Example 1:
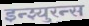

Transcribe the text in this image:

इन्श्युरन्स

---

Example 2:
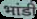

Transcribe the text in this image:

भांडी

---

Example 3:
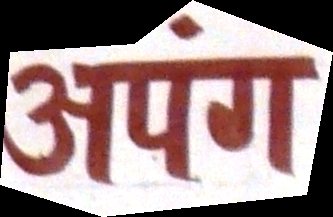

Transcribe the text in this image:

अपंग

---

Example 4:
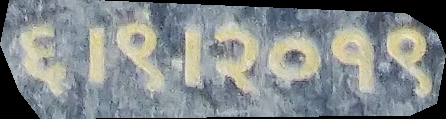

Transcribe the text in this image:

६।९।२०१९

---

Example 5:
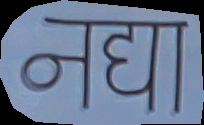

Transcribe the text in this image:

नद्या